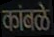
कांबळे